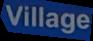
Village